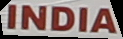
INDIA